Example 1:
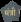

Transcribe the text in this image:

मंत्री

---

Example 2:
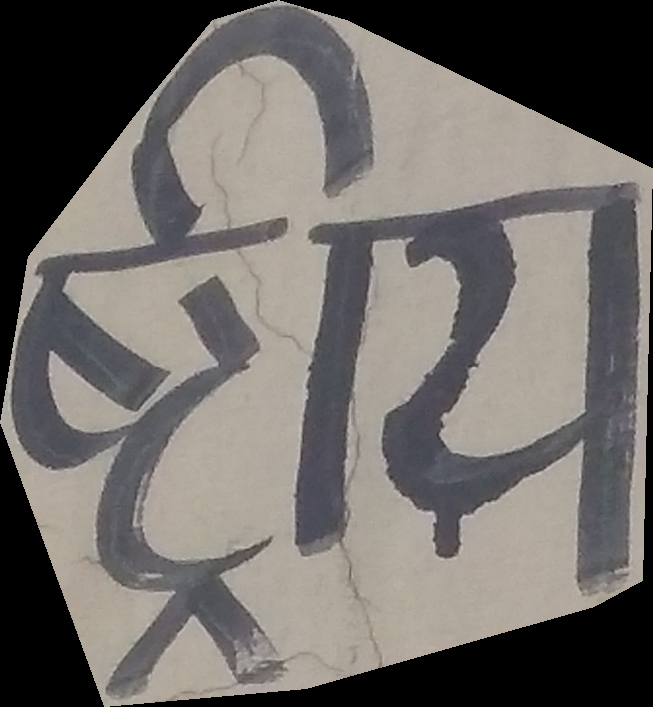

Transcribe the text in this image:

ष्ट्रीय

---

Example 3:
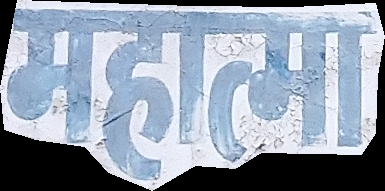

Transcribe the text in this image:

महात्मा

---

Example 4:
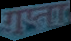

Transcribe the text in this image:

गुप्ता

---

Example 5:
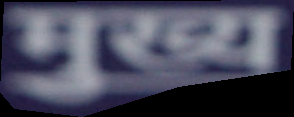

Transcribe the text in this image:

मुख्य